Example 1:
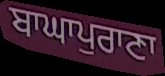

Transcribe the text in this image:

ਬਾਘਾਪੁਰਾਣਾ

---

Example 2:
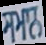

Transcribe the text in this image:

ਸਮਾਨ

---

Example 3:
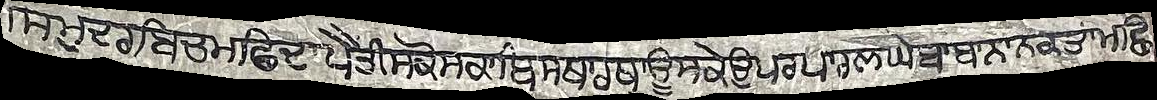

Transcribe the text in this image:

।ਸਮੰਦਰਬਿਚਮਫਿਦਾ ਪੈਂਤੀਸਕੋਸਕਾਬਿਸਥਾਰਥਾਊਸਕੇਉਪਰਪਾਰਲਘੇਬਾਬਾਨਾਨਕਤਾਂਮਛਿ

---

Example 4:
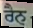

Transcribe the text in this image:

ਰੈਨ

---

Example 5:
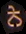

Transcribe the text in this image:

ਨੇ